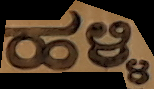
ಹಳ್ಳ